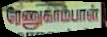
ரேணுகாம்பாள்